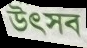
উৎসব